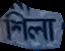
শিলা